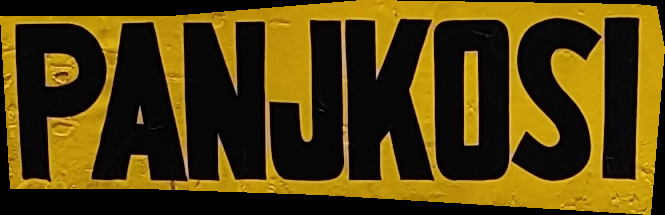
PANJKOSI